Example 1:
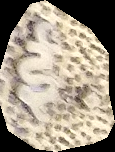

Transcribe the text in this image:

ई.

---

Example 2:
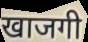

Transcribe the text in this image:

खाजगी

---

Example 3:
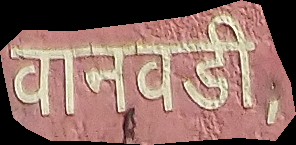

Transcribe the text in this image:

वानवडी,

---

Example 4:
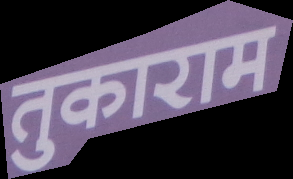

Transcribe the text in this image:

तुकाराम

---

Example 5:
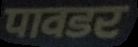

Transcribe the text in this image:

पावडर